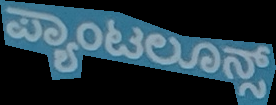
ಪ್ಯಾಂಟಲೂನ್ಸ್